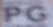
PG